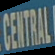
CENTRAL